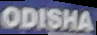
ODISHA